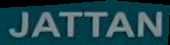
JATTAN